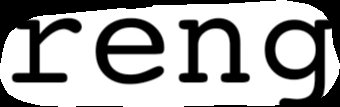
reng